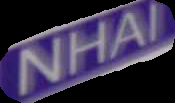
NHAI